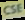
CSE